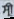
ਸ੍ਰੀ